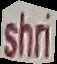
shri